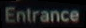
Entrance